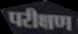
परीक्षण